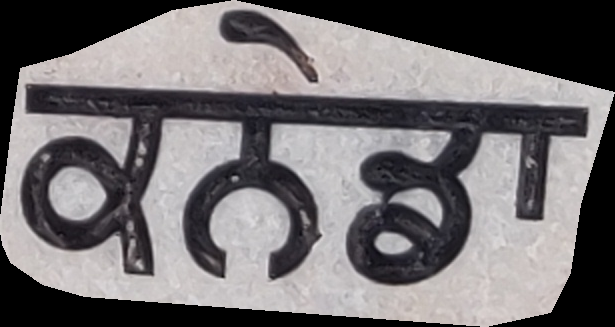
ਕਨੇਡਾ